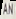
AN